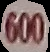
600